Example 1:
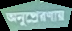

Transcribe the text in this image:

অনুপ্রেরণায়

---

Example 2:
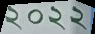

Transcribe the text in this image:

২০২২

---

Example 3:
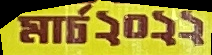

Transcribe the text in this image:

মার্চ২০২২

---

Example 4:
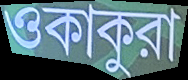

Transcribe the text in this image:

ওকাকুরা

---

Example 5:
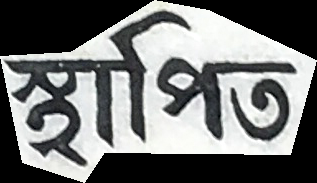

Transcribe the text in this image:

স্থাপিত